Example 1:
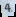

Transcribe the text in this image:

4.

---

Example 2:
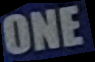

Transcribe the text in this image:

ONE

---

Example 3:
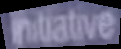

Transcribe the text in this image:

Initiative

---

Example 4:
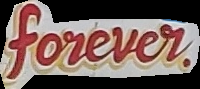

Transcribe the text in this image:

forever.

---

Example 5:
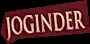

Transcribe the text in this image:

JOGINDER